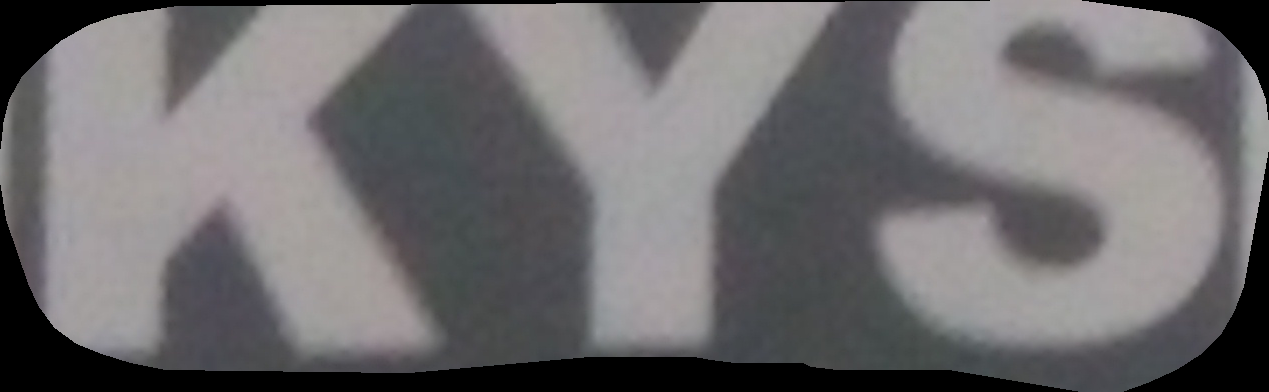
KYS